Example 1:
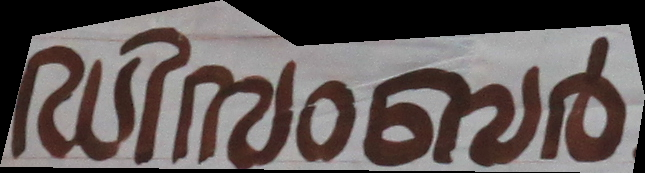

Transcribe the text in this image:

ഡിസംബർ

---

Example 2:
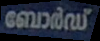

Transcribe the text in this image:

ബോർ‌ഡ്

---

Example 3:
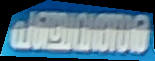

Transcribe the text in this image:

പഞ്ചവത്സര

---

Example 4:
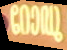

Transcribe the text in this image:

റോഡു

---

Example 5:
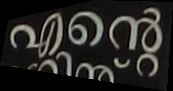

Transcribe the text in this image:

എൻെ